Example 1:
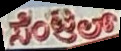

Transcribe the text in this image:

ಸೆಂಟ್ರಲ್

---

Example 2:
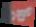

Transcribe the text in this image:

ಕ್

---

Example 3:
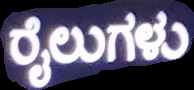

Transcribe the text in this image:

ರೈಲುಗಳು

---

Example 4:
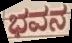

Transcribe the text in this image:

ಭವನ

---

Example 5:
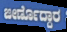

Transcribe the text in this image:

ಬೀಳರ್ದೊದ್ದಾರ